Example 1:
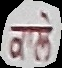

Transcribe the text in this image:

ਕਾਲੇ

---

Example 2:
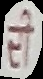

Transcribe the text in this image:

ਦੀ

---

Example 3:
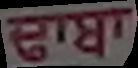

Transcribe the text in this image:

ਢਾਬਾ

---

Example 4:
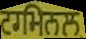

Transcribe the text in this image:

ਟਰਮਿਨਲ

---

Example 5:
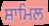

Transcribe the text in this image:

ਸ਼ਾਮਿਲ